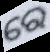
ରେ